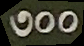
৩০০